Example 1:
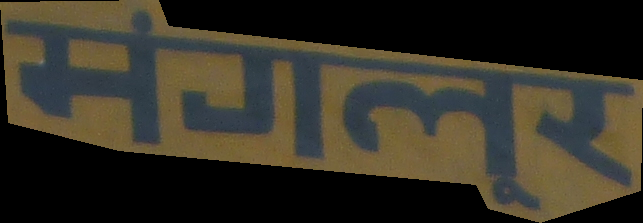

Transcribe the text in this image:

मंगलूर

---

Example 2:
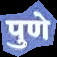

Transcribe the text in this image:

पुणे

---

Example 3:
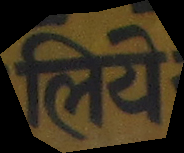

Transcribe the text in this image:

लिये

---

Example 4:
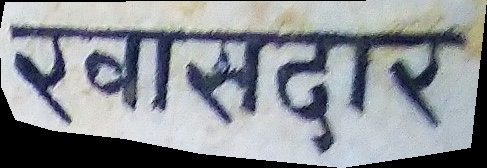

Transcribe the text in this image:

रवासदार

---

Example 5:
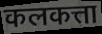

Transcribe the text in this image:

कलकत्ता